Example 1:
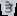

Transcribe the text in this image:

ਤੇ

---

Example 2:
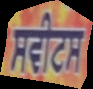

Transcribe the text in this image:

ਸਵੀਟਸ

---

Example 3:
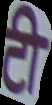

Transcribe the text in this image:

ਟੀ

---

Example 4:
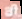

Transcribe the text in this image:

ਡੀ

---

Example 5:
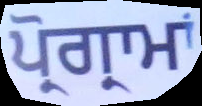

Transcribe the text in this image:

ਪ੍ਰੋਹूਾਮਾਂ